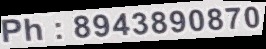
Ph:8943890870